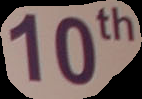
10th